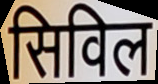
सिविल